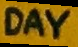
DAY